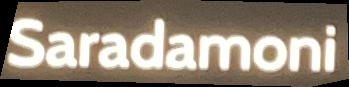
Saradamoni